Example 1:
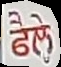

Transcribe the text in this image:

ਫੈਲੇ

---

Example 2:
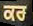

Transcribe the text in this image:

ਕਰ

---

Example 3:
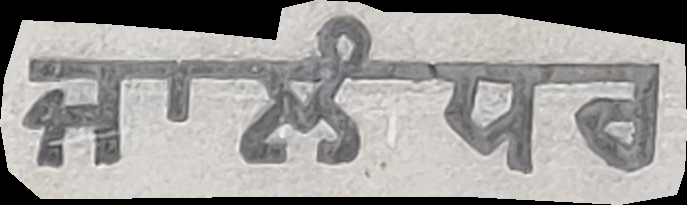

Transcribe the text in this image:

ਜਾਲੰਧਰ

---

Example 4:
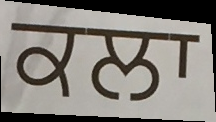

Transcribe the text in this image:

ਕਲਾ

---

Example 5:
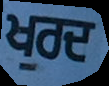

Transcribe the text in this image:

ਖੁਰਦ